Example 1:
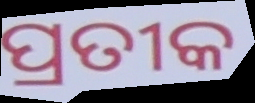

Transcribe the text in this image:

ପ୍ରତୀକ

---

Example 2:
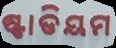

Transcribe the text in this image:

ଷ୍ଟାଡିୟମ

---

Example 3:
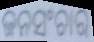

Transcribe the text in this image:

ଜନସଂଚାର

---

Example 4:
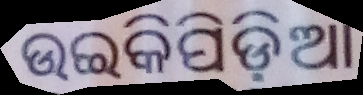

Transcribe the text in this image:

ଉଇକିପିଡ଼ିଆ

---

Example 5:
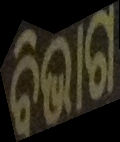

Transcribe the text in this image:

ବିଭାଗ